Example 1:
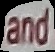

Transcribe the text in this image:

and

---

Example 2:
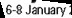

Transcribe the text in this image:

6-8January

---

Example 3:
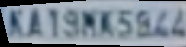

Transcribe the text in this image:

KA19NK5944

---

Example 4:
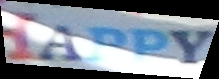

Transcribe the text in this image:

HAPPY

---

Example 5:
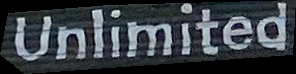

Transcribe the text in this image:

Unlimited